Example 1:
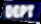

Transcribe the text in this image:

DEPT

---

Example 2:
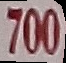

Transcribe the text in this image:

700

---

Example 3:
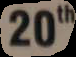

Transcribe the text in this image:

20th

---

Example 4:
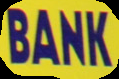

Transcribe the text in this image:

BANK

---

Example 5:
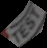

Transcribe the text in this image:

TEST